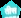
तीस